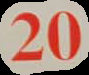
20